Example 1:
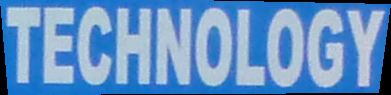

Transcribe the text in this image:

TECHNOLOGY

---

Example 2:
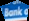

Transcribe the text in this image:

Bank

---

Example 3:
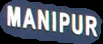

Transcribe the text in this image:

MANIPUR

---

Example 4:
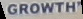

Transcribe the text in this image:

GROWTH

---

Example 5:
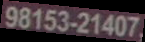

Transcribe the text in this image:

98153-21407